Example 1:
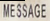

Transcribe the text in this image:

MESSAGE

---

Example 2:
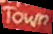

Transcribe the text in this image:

Town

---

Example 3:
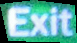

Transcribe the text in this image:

Exit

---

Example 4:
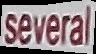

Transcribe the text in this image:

several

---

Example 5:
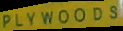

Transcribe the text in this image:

PLYWOODS